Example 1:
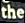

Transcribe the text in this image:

the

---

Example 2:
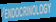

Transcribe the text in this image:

ENDOCRINOLOGY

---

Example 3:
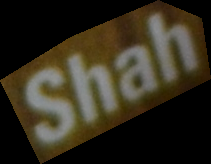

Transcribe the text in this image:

Shah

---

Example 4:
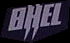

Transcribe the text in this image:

BHEL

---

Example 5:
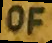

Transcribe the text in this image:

OF